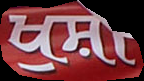
ਖੁਸ਼